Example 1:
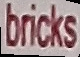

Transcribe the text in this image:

bricks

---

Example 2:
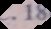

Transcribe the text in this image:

.18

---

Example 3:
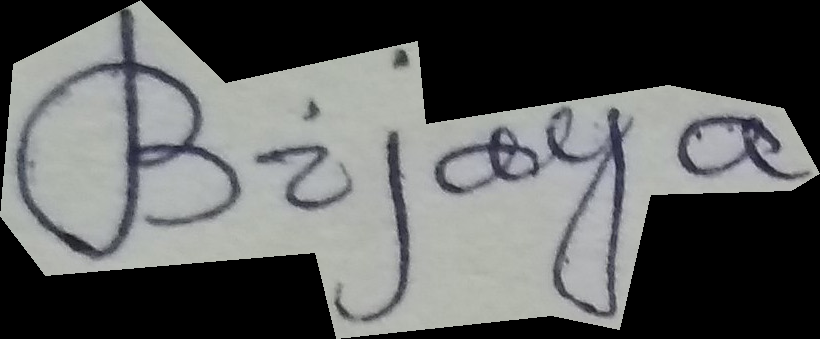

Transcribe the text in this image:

Bijaya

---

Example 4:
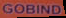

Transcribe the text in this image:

GOBIND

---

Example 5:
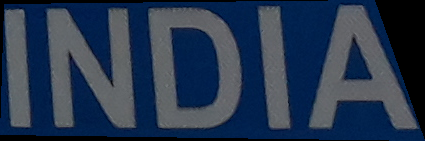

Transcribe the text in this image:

INDIA